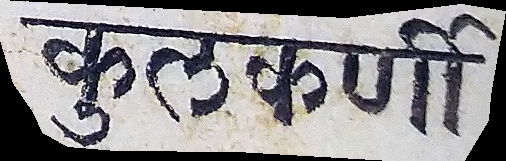
कुलकर्णी